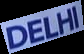
DELHI